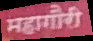
महागौरी